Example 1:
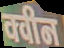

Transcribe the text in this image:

क्वीन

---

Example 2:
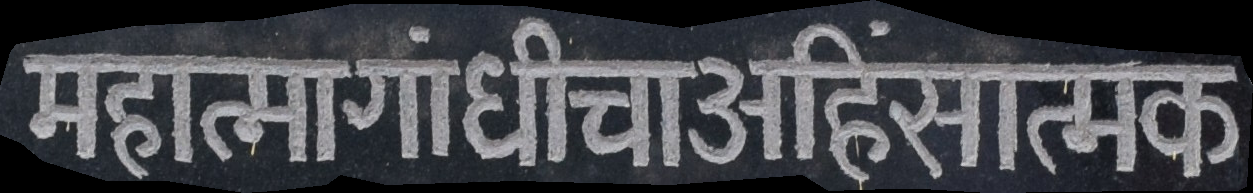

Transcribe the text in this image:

महात्मागांधीचाअहिसात्मक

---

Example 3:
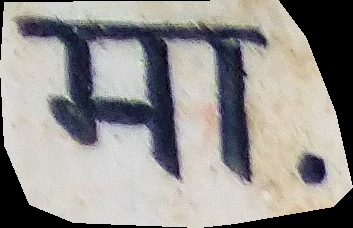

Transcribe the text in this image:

मा.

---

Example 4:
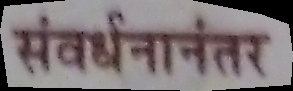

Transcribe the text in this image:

संवर्धनानंतर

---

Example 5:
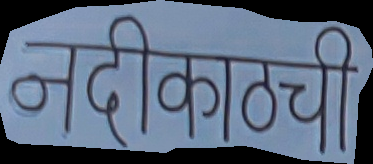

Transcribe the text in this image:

नदीकाठची